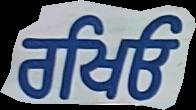
ਰਖਿੳ